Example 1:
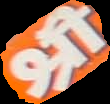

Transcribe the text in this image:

श्री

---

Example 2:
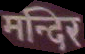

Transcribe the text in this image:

मन्दिर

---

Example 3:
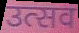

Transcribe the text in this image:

उत्सव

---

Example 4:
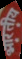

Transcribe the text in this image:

भारतीय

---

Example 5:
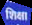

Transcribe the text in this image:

शिक्षा